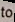
to